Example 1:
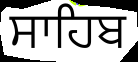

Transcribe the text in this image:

ਸਹਿਾਬ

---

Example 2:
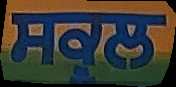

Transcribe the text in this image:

ਸਕੂਲ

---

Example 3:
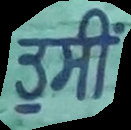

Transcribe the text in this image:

ਤੁਸੀਂ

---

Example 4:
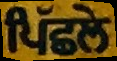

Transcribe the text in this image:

ਪਿੱਛਲੇ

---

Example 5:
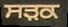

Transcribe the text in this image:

ਸੜਕ